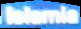
Islamia